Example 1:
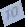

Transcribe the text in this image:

TO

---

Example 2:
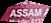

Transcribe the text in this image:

ASSAM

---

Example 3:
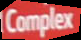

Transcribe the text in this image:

Complex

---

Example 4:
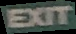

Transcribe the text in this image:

EXIT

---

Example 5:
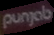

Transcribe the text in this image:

punjab